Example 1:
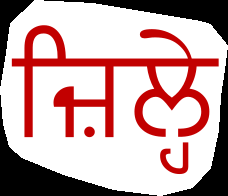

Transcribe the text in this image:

ਜ਼ਿਲੇ੍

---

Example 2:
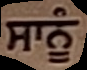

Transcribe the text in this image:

ਸਾਨੂੰ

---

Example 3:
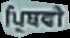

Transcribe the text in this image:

ਪਿ੍ਥਗੇ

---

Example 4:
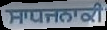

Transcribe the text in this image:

ਸਾਧਜਨਾਕੀ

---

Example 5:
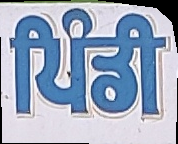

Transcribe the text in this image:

ਪਿੰਡੀ